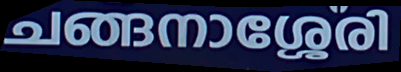
ചങ്ങനാശ്ശേരി